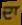
ਦਾ